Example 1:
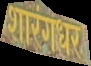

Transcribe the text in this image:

शारंगधर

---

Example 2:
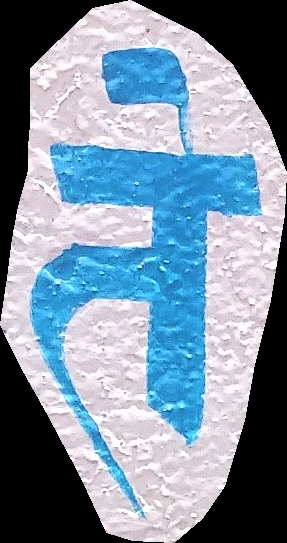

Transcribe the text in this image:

ते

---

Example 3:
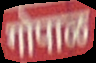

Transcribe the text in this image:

गोपाळ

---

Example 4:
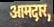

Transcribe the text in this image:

आमदार,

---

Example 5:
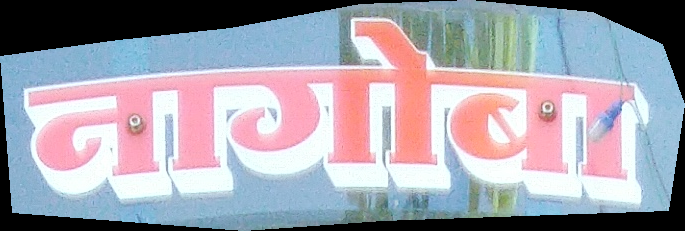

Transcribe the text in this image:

नागोबा